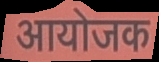
आयोजक